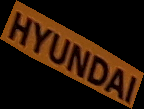
HYUNDAI